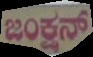
ಜಂಕ್ಷನ್